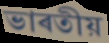
ভাৰতীয়